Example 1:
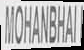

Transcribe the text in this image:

MOHANBHAI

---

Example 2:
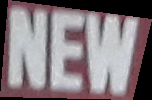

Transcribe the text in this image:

NEW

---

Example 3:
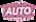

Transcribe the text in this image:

AUTO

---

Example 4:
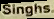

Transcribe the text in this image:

Singhs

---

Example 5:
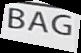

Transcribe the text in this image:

BAG